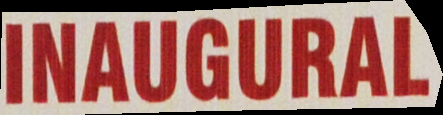
INAUGURAL